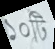
১০টি